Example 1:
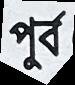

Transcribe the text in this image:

পুর্ব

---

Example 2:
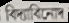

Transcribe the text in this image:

বিদ্যাবিনোদ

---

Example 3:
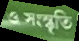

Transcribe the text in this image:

ওসংস্কৃতি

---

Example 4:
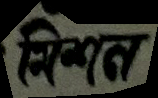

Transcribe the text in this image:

মিশন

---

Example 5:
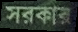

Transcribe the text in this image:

সরকার